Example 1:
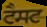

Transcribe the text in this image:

ਟੈਸਟ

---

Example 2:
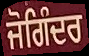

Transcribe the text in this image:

ਜੋਗਿੰਦਰ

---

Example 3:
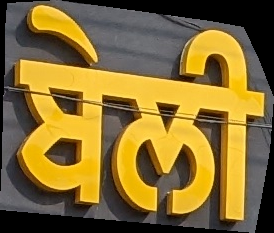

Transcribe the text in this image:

ਏਲੀ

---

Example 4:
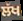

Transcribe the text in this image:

ਲੱਖ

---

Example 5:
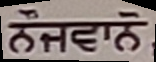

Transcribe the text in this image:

ਨੌਜਵਾਨੋ